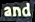
and